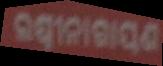
ଲକ୍ଷ୍ମୀନାରାୟଣ